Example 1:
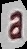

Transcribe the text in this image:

a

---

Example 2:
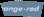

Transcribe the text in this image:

onge-red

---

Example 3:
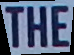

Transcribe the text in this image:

THE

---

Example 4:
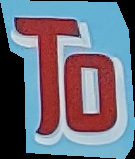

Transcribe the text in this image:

To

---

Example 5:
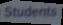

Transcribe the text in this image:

Students